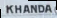
KHANDA